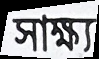
সাক্ষ্য